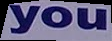
you